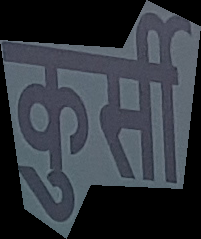
कुर्सी